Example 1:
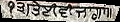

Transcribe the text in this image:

੧੩ਤੇਈਵਾਂਜਾਗਾ।।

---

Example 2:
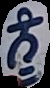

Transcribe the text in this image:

ਨੁੰ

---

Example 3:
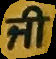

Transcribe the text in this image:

ਜੀ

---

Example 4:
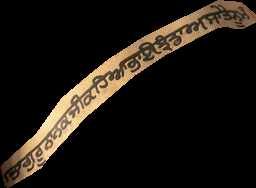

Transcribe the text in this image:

ਭਗੁਰੂਨਾਨਕਜੀਕਹਿਆਭਾਈਝੰਡਾਅਸਾਡੈਨੂਮ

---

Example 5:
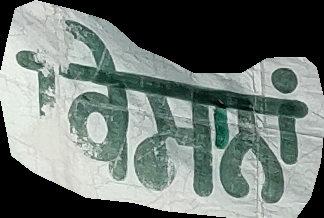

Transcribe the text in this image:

ਕਿਸਾਨਾਂ